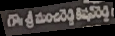
గౌ శ్రీ మంచిరెడ్డి కిషన్ రెడ్డి